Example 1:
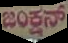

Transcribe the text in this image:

ಜಂಕ್ಷನ್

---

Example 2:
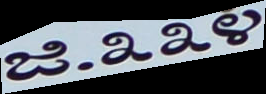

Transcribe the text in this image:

ಜಿ.೩೩೪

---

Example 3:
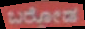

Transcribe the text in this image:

ಬರೋಡ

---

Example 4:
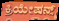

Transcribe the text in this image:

ಕ್ರಿಯೇಷನ್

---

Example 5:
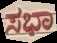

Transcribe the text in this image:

ಸಭಾ